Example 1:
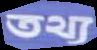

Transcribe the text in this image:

তথ্য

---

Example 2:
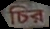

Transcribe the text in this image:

চির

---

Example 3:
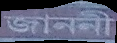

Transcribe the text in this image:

জাননী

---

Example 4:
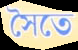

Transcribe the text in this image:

সৈতে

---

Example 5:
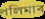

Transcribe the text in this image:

পলিমার